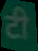
टी